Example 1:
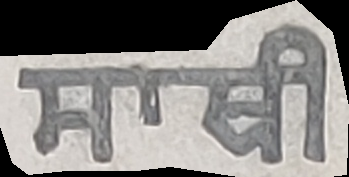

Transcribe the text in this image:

ਸਾਥੀ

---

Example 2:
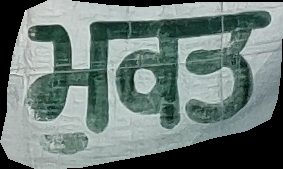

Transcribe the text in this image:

ਮੁਕਤ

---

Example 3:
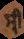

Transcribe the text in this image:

ਸ੍ਰੀ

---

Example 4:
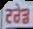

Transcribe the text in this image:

ਟਰੇਡ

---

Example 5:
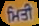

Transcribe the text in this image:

ਮਿਤੀ